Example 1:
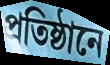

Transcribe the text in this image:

প্রতিষ্ঠানে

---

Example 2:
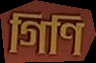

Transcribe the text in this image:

গিণি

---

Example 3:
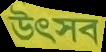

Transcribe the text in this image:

উৎসব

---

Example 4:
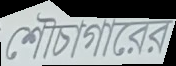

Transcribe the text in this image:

শৌচাগারের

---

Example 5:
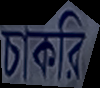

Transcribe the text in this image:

চাকরি